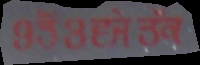
9ਤੇਂ3 ਵਜੇ ਤੱਕ